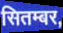
सितम्बर